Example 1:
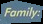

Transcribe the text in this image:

Family:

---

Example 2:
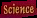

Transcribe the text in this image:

Science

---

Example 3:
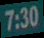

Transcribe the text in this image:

7:30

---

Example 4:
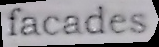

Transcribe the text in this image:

facades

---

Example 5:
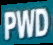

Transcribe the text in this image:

PWD